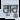
ਗੁਰੂ